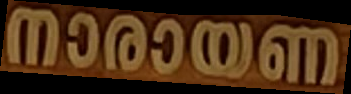
നാരായണ